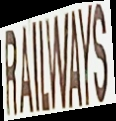
RAILWAYS